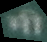
भी